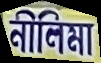
নীলিমা